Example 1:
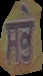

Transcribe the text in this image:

ਸਭੇ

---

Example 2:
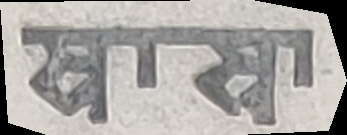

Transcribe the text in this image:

ਬਾਬਾ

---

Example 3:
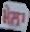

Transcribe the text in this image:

ਮੇਲਾ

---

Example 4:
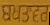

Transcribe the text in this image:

ਬਖਤਵਰ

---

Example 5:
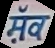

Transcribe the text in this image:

ਸ਼ੱਕ